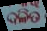
ଦଳିତ